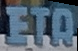
ETA